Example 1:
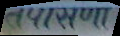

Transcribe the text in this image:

तपासणा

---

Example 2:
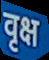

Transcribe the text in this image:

वृक्ष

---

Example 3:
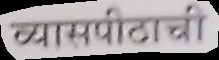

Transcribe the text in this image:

व्यासपीठाची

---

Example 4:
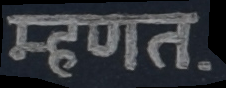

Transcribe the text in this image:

म्हणत.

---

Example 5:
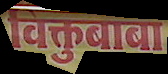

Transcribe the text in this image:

विक्तुबाबा